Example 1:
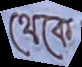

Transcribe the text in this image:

থেকে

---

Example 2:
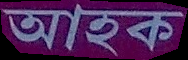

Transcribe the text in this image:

আহক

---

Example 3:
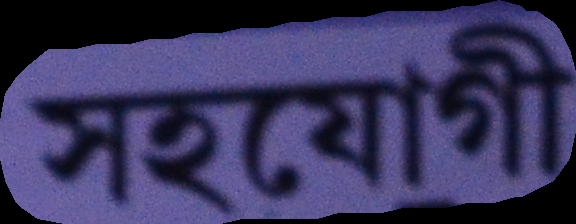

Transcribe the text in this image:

সহযোগী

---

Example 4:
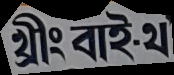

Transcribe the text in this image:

খ্ৰীংবাই-থ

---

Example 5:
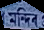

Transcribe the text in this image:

মন্দিৰ